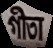
গীতা